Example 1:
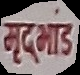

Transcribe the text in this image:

मृद्‌भांड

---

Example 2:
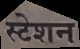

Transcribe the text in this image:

स्टेशन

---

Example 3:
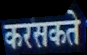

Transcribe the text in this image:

करसकते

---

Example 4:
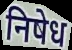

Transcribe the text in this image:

निषेध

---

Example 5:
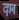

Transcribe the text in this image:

दप्त